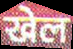
खेल